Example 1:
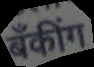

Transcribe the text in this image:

बँकींग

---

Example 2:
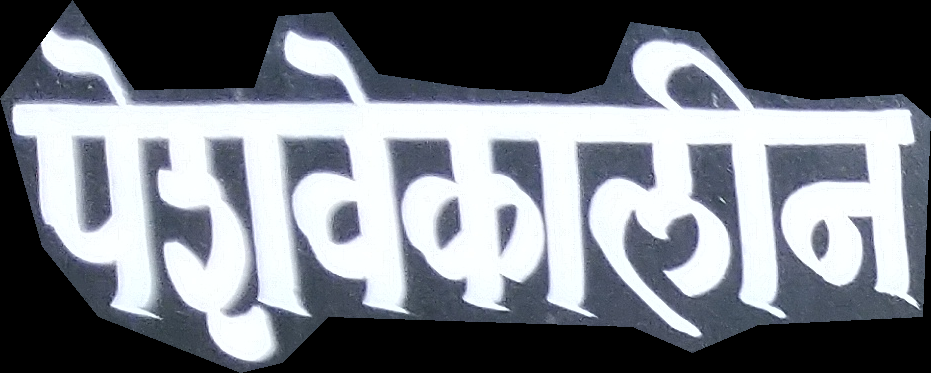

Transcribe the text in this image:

पेशवेकलीन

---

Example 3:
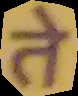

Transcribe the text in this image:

ते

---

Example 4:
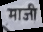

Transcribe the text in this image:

माजी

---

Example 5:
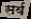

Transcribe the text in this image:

सर्व